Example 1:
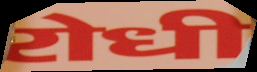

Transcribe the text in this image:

रोधी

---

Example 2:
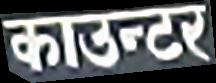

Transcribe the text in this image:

काउन्टर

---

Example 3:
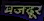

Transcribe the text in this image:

मजदूर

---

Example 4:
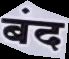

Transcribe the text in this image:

बंद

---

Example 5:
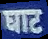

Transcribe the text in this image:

घाट